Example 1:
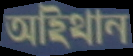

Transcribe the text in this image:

অহিথান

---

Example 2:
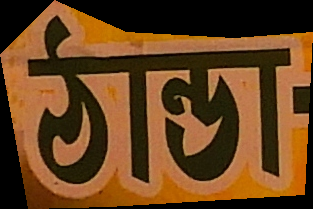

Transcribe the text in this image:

ঠান্ড৷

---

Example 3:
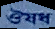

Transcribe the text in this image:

ঔষধ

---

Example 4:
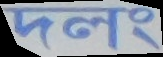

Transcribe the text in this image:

দলং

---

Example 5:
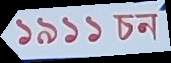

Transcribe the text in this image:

১৯১১চন